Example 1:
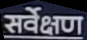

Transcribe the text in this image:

सर्वेक्षण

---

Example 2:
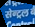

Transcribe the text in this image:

सेन्ट्रल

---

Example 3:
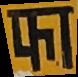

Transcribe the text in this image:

फा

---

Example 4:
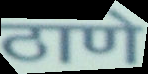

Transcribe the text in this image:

ठाणे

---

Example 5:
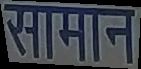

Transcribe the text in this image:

सामान